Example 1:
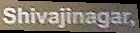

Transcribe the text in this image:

Shivajinagar,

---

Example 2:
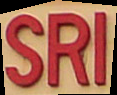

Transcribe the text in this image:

SRI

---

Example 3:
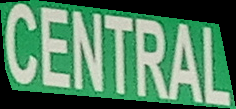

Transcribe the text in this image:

CENTRAL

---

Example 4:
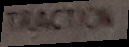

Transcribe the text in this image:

TRACTION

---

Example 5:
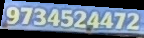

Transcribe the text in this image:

9734524472